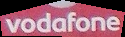
vodafone